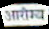
आरोग्य